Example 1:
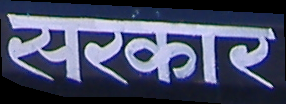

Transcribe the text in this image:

सरकार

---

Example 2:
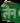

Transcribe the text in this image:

लेन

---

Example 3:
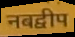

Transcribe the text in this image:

नबद्वीप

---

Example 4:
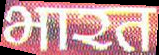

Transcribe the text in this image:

भारत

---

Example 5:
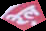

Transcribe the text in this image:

रेल